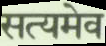
सत्यमेव